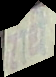
राधे